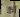
का